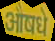
औषधे